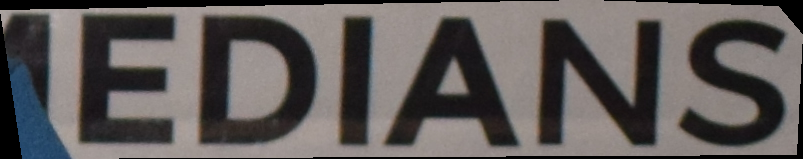
EDIANS